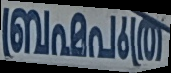
ബ്രഹ്മപുത്ര